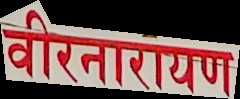
वीरनारायण